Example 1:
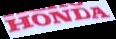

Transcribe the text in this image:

HONDA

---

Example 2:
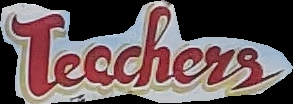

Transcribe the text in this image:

Teachers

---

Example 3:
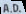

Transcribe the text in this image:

A.D.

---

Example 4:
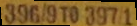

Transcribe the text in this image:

396/9TO 397/1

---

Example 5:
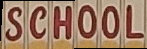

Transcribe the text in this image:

SCHOOL